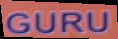
GURU